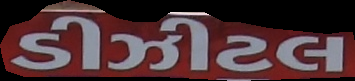
ડીઝીટલ